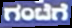
ಗಂಟೆಗೆ